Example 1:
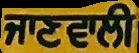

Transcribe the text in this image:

ਜਾਣਵਾਲੀ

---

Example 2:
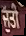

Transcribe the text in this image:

ਜੁੱਤੀ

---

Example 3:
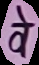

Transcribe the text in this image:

ਕੇ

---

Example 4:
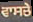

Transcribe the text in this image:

ਵਾਸਤੇ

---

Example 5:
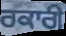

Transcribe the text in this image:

ਰਕਾਰੀ